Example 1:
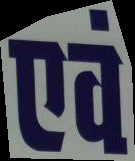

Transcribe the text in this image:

एवं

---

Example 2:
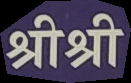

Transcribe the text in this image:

श्रीश्री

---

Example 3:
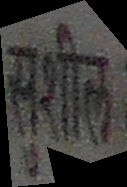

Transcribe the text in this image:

सुशील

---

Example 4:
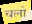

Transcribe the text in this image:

चलो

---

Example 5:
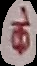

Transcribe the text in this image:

केे